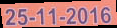
25-11-2016